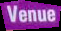
Venue